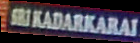
SRIKADARKARAI